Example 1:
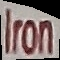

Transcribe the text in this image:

Iron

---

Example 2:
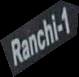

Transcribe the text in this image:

Ranchi-1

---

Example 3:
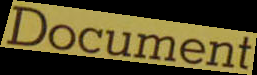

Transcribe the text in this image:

Document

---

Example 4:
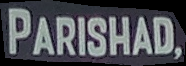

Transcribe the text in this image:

PARISHAD,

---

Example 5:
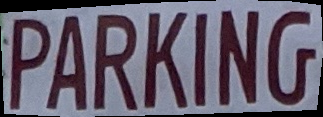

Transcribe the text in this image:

PARKING